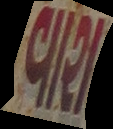
વારા